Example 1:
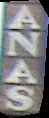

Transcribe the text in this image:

ANAS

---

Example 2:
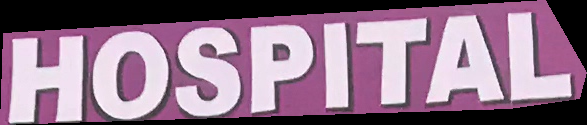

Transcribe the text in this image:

HOSPITAL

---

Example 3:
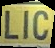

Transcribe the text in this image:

LIC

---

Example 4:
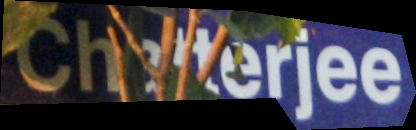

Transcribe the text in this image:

Chatterjee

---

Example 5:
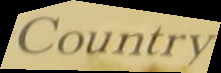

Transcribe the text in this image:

Country